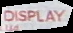
DISPLAY